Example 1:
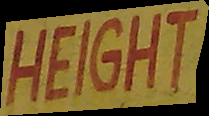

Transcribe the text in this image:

HEIGHT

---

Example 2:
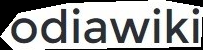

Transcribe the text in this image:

odiawiki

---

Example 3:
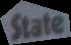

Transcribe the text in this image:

State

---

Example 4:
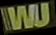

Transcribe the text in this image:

WU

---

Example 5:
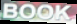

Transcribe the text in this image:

BOOK